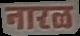
नारळ